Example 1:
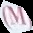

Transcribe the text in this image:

(M)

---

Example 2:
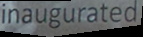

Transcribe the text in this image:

inaugurated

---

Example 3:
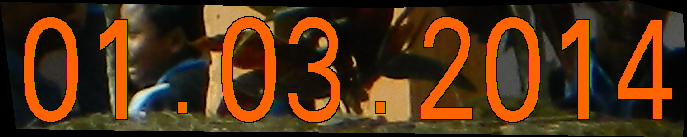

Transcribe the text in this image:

01.03.2014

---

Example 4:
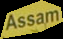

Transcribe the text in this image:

Assam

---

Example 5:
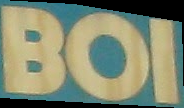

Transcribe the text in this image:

BOI